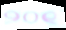
୨୦୧